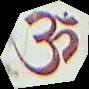
ॐ